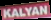
KALYAN